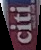
citi